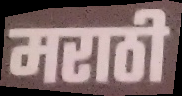
मराठी